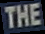
THE